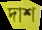
দাশ